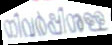
നിവർപ്പിനുള്ള